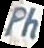
Ph